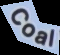
Coal